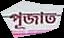
পূজাত